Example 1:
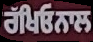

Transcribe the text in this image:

ਰੱਖਿਓਨਾਲ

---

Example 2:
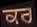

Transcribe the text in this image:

ਕਰ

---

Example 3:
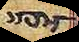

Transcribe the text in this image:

ਹਮ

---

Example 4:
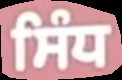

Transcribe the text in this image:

ਸਿੰਧ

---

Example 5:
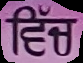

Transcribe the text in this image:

ਵਿੱਚ